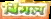
विमल